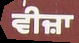
ਵੀਜ਼ਾ